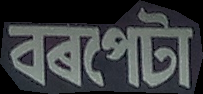
বৰপেটা